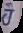
ਹੈ